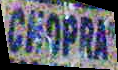
CHOPRA